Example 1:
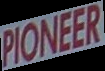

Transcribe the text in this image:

PIONEER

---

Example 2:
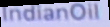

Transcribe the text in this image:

IndianOil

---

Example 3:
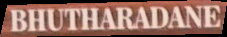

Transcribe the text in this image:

BHUTHARADANE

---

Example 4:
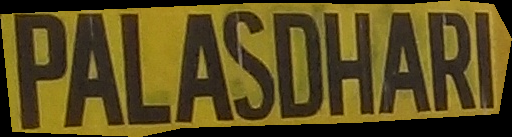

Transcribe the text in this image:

PALASDHARI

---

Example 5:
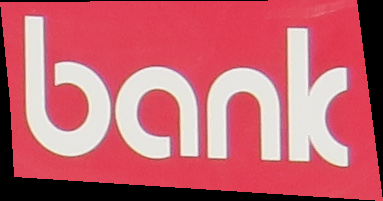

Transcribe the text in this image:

bank